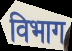
विभाग